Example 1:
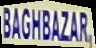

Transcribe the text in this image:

BAGHBAZAR,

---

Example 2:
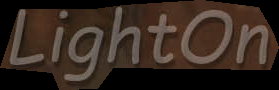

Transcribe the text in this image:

LightOn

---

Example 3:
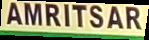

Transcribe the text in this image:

AMRITSAR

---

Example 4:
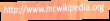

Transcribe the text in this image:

http://www.mr.wikipedia.org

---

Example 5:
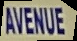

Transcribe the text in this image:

AVENUE